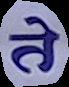
ते